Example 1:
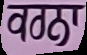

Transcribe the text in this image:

ਕਰਨਾ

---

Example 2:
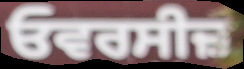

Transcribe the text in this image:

ਓਵਰਸੀਜ਼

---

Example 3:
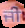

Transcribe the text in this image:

ਜੀ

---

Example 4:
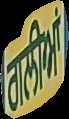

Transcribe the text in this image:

ਗਲੀਆਂ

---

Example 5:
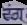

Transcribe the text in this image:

ਢੰਗ